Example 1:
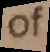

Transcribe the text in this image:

of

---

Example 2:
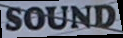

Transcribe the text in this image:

SOUND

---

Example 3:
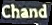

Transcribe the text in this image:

Chand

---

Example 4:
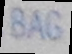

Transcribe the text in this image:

BAG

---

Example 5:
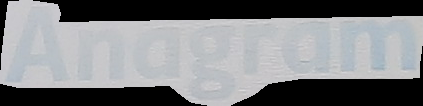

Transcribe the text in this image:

Anagram